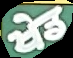
ਖੇਡ